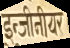
इन्जीनीयर